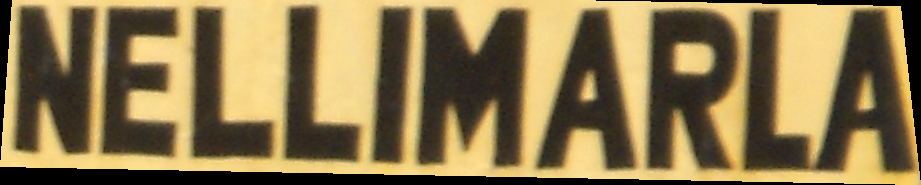
NELLIMARLA